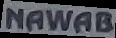
NAWAB